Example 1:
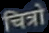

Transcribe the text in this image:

चित्रो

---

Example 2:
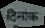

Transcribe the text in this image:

दिनांक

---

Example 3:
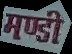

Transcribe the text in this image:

मण्डी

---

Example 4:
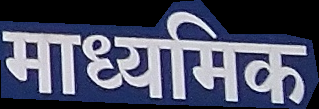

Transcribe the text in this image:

माध्यमिक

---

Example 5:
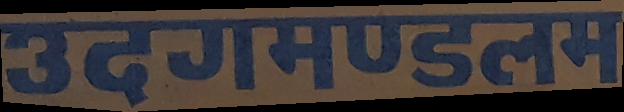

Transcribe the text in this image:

उदगमण्डलम